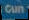
Gun